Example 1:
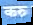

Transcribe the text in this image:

करु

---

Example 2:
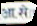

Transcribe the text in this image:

आ.से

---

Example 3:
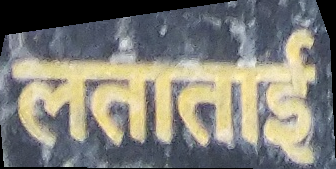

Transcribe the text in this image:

लताताई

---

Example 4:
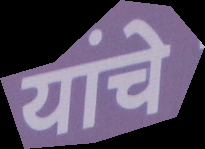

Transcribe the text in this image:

यांचे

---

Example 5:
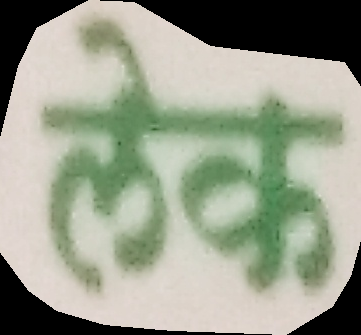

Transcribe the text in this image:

लेक